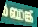
ബാങ്ക്